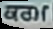
ਕਰਮ